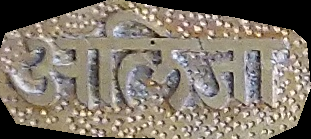
अलिजा